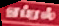
ஏப்ரல்